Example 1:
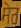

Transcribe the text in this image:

ਸੇਰ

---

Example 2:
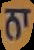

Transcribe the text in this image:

ਨਾ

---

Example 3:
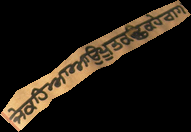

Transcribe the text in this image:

ਜੇਕਹਿਆਆਉਪੂਤਕਛਿਕਹੇਗਾ।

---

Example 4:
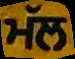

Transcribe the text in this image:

ਮੱਲ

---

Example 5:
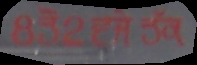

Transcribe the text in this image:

8ਤੇ2 ਵਜੇ ਤੱਕ